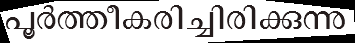
പൂർത്തീകരിച്ചിരിക്കുന്നു